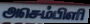
அசெம்பிளி